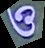
ও